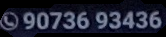
9073693436